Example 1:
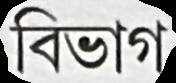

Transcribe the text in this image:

বিভাগ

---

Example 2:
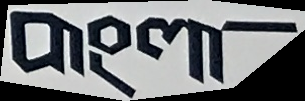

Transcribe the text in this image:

বাংলা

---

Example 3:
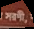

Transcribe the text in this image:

সরণী,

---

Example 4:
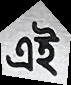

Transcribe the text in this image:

এই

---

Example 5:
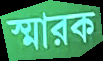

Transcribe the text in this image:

স্মারক